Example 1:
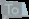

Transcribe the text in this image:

To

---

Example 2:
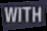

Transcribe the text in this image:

WITH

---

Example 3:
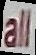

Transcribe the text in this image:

all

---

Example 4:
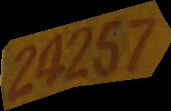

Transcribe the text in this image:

24257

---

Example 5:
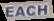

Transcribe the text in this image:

EACH